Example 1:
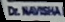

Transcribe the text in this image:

Dr.NAVISHA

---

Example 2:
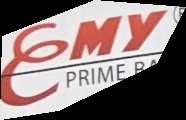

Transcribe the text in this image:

EMY PRIME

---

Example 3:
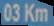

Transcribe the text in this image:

03Km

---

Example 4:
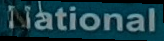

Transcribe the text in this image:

ational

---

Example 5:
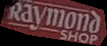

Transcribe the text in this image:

Raymond SHOP